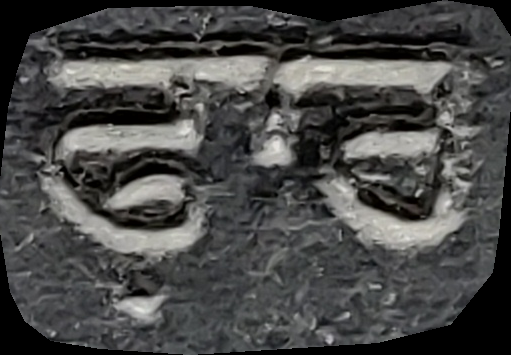
ਫਾਰ